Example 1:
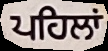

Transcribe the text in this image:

ਪਹਿਲਾਂ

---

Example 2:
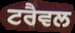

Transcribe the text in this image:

ਟਰੈਵਲ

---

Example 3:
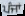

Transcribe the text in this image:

ਪੇਜਾਂ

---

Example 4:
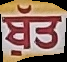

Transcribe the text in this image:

ਬੁੱਤ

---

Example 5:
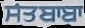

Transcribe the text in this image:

ਸੰਤਬਾਬਾ